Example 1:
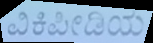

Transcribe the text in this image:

ವಿಕಿಪೀಡಿಯ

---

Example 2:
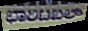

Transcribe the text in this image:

ಛಾರಿಬಬಲ್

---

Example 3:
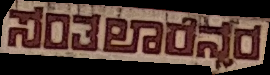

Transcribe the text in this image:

ಸಂತಲಾರೆನರ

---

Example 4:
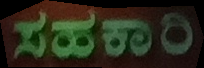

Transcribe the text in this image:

ಸಹಕಾರಿ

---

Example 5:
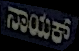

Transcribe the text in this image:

ನಾಯಕ್